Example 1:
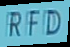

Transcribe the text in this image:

RFD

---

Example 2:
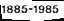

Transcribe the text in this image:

1885-1985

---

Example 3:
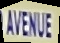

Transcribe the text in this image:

AVENUE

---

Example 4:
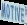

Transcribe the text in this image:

MOTIVE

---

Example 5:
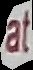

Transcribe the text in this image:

at